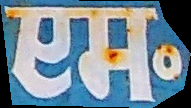
एम.